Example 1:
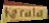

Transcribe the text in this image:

Kerala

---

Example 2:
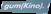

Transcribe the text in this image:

gum(Kino).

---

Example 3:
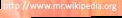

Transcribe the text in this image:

http://www.mr.wikipedia.org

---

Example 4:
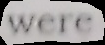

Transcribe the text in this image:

were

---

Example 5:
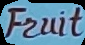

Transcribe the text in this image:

Fruit